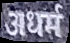
अधर्म